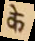
के